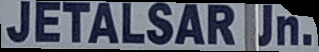
JETALSARJn.